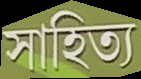
সাহিত্য